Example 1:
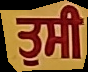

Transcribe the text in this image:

ਤੁਸੀ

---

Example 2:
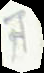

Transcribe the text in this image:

ਜ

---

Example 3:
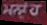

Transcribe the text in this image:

ਮਨਾਂਹ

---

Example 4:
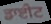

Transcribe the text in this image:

ਡਾਈਟ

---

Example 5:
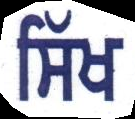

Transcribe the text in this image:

ਸਿੱਖ